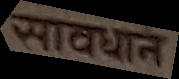
सावधान